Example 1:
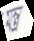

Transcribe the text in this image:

মন্ত্র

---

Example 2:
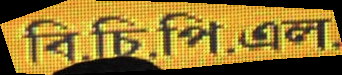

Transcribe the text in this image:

বি.চি.পি.এল.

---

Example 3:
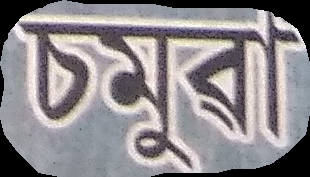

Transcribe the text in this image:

চমুৱা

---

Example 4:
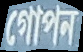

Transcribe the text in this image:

গোপন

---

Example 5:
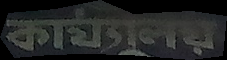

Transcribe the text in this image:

কাৰ্য্যালয়